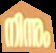
നിന്നും